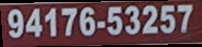
94176-53257